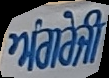
ਅੰਗਰੇਜੀ